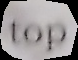
top